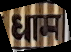
धाम